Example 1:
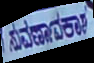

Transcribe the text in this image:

ಸುವಣಾವಕಾಶ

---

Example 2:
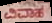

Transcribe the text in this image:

ವಿವಾಹ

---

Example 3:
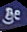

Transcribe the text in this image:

ಶ್ರೀ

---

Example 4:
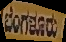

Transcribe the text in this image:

ಬೆಂಗಳೂರು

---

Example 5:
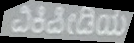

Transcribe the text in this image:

ವಿಕಿಪೀಡಿಯ